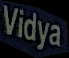
Vidya